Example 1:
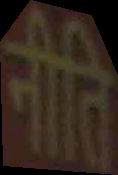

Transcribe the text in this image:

नीति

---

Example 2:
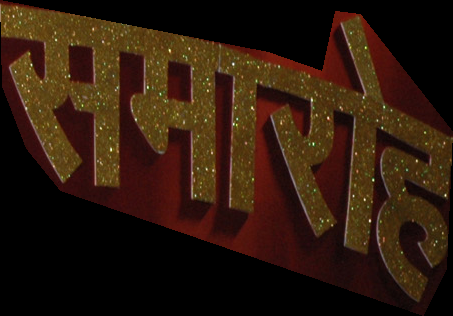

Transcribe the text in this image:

समारोह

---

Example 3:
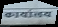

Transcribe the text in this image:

कार्यालय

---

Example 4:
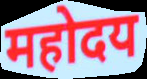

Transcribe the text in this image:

महोदय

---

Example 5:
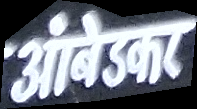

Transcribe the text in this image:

आंबेडकर